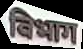
विभाग